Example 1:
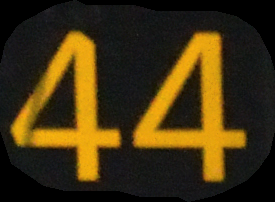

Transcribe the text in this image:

44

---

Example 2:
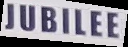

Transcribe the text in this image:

JUBILEE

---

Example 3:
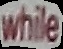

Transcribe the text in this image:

while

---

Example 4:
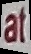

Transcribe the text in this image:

at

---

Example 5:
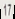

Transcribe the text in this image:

17